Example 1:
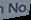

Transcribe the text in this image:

No.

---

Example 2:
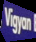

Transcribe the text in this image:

Vigyan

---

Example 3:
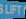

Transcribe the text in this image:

LIFT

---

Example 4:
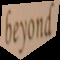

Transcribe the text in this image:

beyond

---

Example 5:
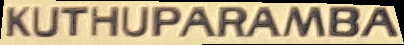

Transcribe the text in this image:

KUTHUPARAMBA